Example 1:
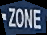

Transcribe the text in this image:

ZONE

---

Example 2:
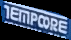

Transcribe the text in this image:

TEMPOORE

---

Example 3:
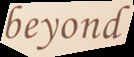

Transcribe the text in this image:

beyond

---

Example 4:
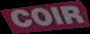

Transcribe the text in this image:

COIR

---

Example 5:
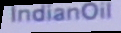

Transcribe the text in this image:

IndianOil